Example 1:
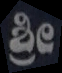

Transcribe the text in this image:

ಶ್ರೀ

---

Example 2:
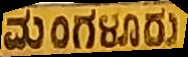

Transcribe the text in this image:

ಮಂಗಳೂರು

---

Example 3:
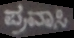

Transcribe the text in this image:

ಪ್ರವಾಸ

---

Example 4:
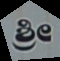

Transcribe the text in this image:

ಶ್ರೀ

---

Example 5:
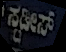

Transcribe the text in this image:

ಸ್ಟಡೀಸ್